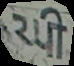
ਘੀ